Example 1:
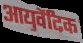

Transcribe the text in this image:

आयुवੋदिक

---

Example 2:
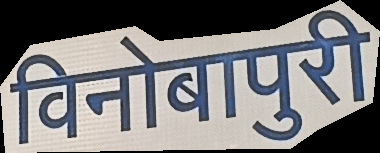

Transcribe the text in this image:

विनोबापुरी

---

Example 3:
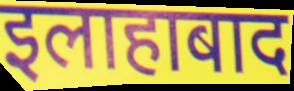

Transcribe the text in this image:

इलाहाबाद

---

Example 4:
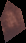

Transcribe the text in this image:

मे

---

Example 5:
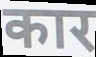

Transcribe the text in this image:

कार